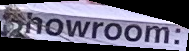
Showroom: